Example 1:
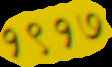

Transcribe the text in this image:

१९१७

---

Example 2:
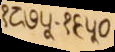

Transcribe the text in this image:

१८७५-१६५०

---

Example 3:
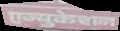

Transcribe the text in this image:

एज्युकेशन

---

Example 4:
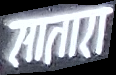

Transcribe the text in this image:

सातारा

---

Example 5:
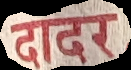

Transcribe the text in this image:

दादर